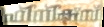
ഫീനിക്സ്